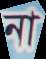
না